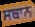
ਸਥਾਨ